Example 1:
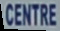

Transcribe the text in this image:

CENTRE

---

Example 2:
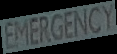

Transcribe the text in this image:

EMERGENCY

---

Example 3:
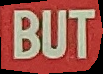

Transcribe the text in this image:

BUT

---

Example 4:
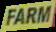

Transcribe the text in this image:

FARM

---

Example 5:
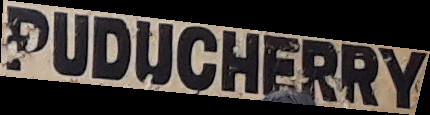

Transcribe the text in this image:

PUDUCHERRY